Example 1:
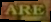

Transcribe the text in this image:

ARE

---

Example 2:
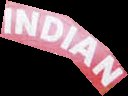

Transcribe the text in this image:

INDIAN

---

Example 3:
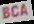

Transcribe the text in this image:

BCA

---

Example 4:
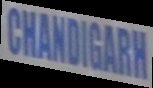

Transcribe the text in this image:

CHANDIGARH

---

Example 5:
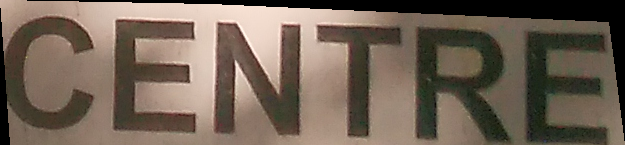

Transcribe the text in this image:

CENTRE